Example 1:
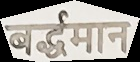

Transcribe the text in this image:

बर्द्धमान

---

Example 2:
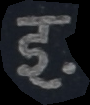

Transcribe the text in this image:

इ.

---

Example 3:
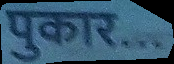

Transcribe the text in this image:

पुकार...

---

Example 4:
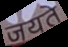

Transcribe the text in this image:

जयते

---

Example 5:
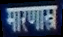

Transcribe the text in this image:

मारणास्र